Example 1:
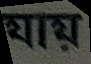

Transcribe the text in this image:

যায়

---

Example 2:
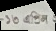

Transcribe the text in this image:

১৩ এপ্রিল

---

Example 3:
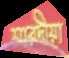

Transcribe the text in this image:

শারদীয়া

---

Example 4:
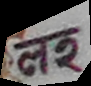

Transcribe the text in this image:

লহ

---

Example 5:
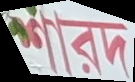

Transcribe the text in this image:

শারদ